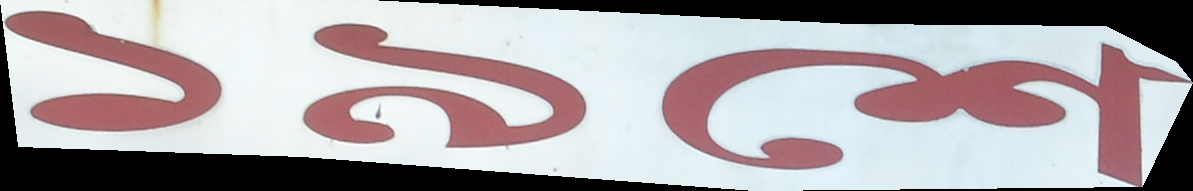
১৯শে